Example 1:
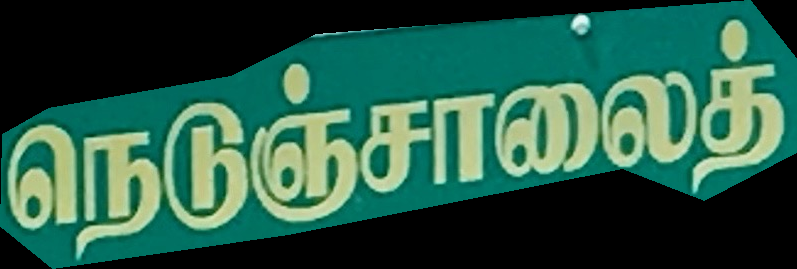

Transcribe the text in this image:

நெடுஞ்சாலைத்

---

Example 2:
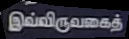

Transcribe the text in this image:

இவ்விருவகைத்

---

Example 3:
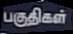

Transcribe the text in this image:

பகுதிகள்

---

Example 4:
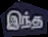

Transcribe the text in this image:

இந்த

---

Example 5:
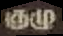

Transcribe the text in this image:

ஞழு